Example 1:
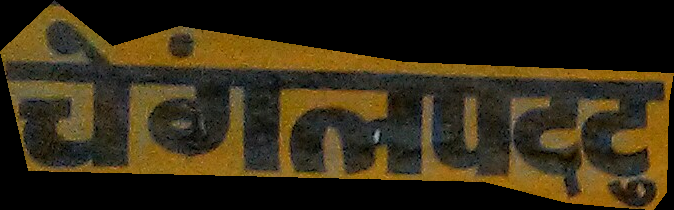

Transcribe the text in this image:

चेंगलपट्टु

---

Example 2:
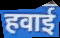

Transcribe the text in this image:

हवाई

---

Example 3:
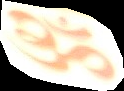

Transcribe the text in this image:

ॐ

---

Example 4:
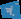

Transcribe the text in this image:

नं.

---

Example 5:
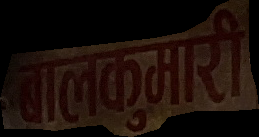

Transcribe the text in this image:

बालकुमारी